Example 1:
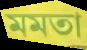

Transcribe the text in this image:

মমতা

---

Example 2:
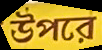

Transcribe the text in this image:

উপরে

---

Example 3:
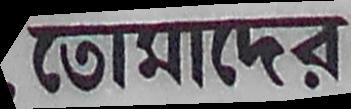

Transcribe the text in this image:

তোমাদের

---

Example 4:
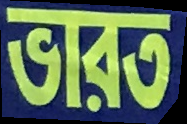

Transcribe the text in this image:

তারত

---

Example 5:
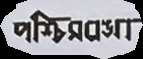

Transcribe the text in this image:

পশ্চিরবসা